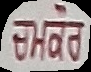
ਚਮਕੋਰ